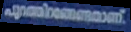
പുറത്തിറങ്ങേണ്ടതാണ്